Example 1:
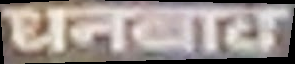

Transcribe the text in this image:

धनबाद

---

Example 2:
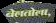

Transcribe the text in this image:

बेलतोला,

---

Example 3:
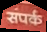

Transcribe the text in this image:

संपर्क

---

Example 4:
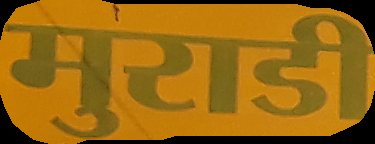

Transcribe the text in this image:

मुराडी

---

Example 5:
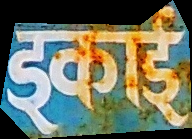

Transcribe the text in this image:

इकाई